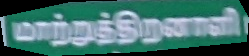
மாற்றுத்திறனாளி)